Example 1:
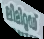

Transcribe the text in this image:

ലിമിറ്റഡ്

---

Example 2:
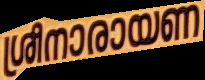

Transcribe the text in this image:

ശ്രീനാരായണ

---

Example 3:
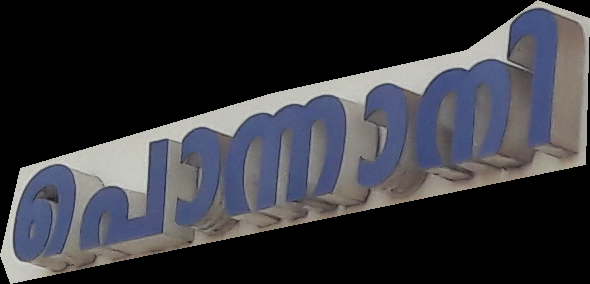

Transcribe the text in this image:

പൊന്നാനി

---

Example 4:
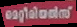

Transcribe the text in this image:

മെറ്റീരിയൽസ്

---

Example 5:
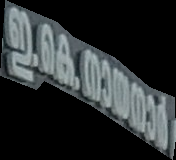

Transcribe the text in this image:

ഇ.കെ.നായനാർ